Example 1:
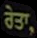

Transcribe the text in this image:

ਰੇਤਾ,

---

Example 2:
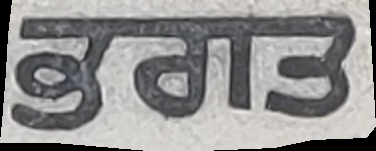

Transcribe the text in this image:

ਭਗਤ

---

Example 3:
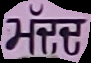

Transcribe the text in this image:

ਮੱਦਦ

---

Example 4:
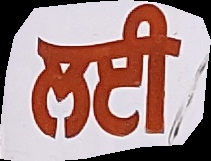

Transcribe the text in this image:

ਲਈ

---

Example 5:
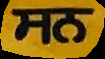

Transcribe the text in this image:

ਸਨ